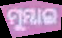
ମୁମ୍ବାଇ